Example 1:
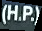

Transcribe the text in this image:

(H.P.)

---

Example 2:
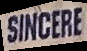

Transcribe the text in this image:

SINCERE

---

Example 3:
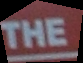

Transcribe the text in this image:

THE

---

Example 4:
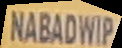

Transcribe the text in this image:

NABADWIP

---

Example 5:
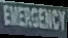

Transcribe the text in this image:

EMERGENCY